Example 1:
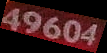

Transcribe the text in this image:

49604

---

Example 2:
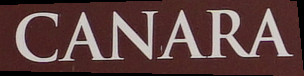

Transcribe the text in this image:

CANARA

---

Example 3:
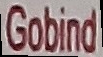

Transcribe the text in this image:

Gobind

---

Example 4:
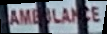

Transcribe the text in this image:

AMBULANCE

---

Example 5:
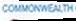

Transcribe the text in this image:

COMMONWEALTH